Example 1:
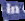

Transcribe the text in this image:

in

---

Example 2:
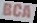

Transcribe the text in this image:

BCA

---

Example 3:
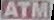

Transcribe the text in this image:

ATM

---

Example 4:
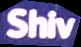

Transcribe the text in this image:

Shiv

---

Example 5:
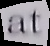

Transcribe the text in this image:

at